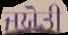
ਜਯੋਤੀ